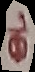
के